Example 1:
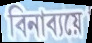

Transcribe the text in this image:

বিনাব্যয়ে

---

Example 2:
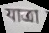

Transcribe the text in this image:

যাত্রা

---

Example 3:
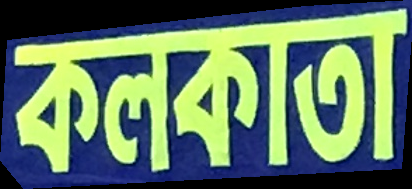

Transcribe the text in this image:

কলকাতা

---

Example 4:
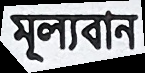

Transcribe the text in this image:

মূল্যবান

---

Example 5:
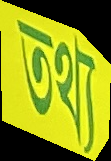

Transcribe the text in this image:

তথ্য